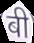
बी